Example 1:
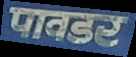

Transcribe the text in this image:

पावडर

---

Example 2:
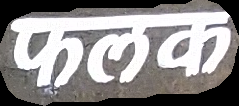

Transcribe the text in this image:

फलक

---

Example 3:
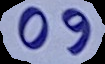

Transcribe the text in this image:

०१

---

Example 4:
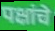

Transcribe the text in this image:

पक्षांचे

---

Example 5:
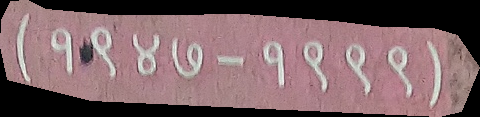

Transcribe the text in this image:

(१९४७-१९९९)